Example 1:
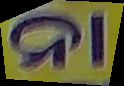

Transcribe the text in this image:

ନା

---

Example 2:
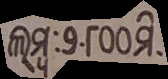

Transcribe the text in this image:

ଲମ୍ବ :୨-୮୦୦ମି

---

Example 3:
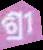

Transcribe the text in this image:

ଶ୍ରୀ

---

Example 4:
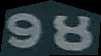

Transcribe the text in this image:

୨୪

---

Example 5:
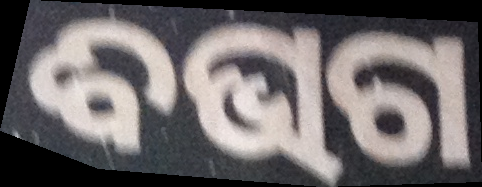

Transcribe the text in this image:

ବଭଗ